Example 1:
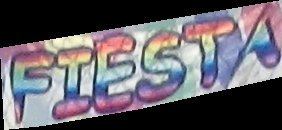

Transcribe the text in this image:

FIESTA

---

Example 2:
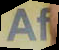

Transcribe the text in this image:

Af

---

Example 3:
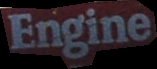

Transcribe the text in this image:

Engine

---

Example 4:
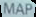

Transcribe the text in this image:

MAP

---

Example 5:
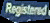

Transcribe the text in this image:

Registered